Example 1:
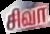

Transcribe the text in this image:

சிவா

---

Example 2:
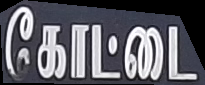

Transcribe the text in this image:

கோட்டை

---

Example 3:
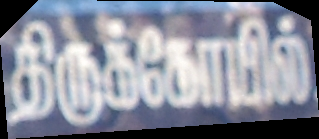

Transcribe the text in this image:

திருக்கோயில்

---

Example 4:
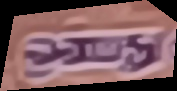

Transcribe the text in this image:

ஒன்பது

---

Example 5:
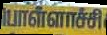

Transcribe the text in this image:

பொள்ளாச்சி